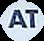
AT